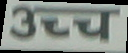
उच्च